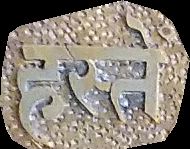
हस्ते